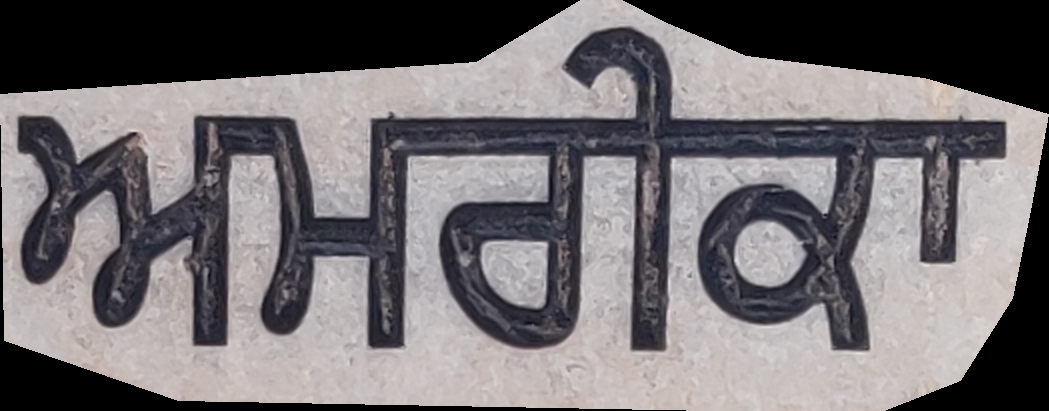
ਅਮਰੀਕਾ